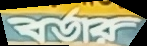
বর্ডার